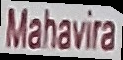
Mahavira